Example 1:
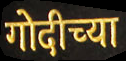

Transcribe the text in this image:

गोदीच्या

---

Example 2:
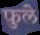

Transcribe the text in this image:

फुले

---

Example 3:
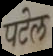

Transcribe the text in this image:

पटेल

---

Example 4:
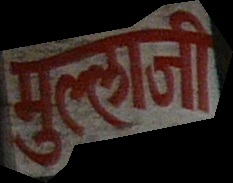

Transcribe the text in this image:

मुल्लाजी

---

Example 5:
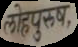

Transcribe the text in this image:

लोहपुरुष,